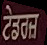
ਟੇਡਰਜ਼